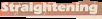
Straightening